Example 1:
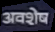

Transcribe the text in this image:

अवशेष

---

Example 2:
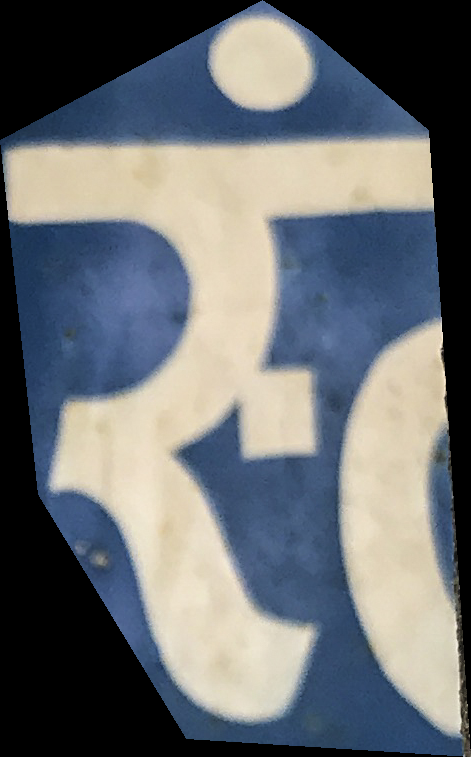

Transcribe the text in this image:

स्ं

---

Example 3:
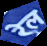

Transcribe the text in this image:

रेल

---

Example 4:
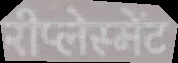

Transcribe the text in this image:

रीप्लेस्मेंट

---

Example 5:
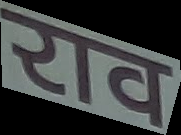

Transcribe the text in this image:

राव